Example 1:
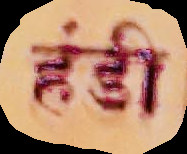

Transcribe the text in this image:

हंडी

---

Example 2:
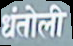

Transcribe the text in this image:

धंतोली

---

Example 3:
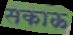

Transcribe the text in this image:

सकाक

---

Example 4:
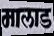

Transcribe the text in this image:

मालाड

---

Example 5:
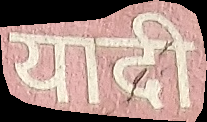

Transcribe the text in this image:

यादी